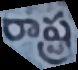
రాష్ట్ర